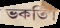
ভকতি